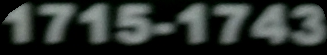
1715-1743